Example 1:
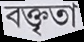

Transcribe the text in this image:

বক্তৃতা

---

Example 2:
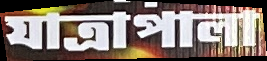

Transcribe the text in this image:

যাত্রাপালা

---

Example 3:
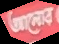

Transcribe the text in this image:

আলোর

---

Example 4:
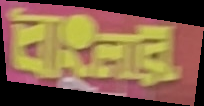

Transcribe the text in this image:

বাংলার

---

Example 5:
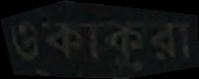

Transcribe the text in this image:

ওকাকুরা